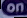
on